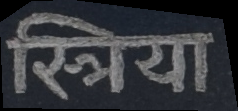
स्त्रिया